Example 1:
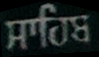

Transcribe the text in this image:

ਸਾਹਿਬ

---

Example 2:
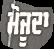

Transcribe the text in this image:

ਮੋਜੂਦਾ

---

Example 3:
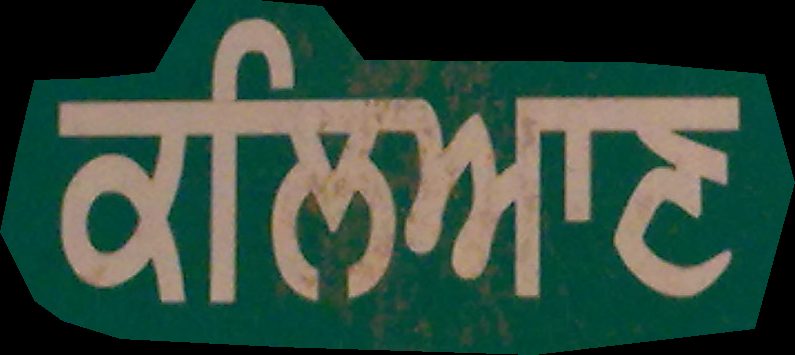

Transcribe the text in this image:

ਕਲਿਆਣ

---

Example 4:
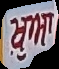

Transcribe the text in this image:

ਖ਼ੁਆ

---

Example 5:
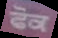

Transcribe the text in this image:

ਫੋਕ